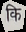
कि